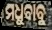
ମଧୁବାବୁ